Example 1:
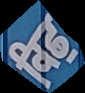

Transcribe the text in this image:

ਕਿਛੁ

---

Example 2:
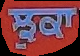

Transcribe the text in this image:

ਝੁਕਾ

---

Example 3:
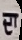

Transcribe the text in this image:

ਦਾ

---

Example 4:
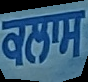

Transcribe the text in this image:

ਕਲਾਸ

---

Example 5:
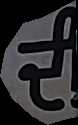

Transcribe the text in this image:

ਦੀ